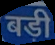
(बड़ी